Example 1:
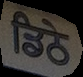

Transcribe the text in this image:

ਡਿਠੇ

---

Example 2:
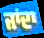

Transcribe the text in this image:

ਜਾਂਦਾ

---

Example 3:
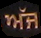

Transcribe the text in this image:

ਅੱਜ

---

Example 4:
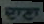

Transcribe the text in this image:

ਦਾਣਾ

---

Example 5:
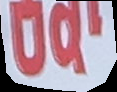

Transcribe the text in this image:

ਕਾ